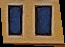
।।